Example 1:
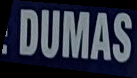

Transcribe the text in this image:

DUMAS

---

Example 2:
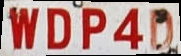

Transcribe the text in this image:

WDP4D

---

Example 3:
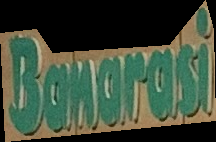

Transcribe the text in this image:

Banarasi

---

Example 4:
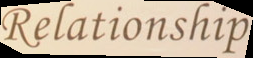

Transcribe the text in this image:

Relationship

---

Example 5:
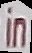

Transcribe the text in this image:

in